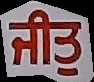
ਜੀਤੁ